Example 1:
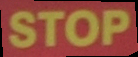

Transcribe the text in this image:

STOP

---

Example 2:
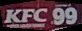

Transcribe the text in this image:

KFC99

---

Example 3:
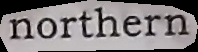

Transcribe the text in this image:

northern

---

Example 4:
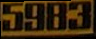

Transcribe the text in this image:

5983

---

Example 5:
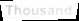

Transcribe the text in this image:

Thousand